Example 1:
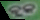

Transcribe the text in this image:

ବ୍ଲକ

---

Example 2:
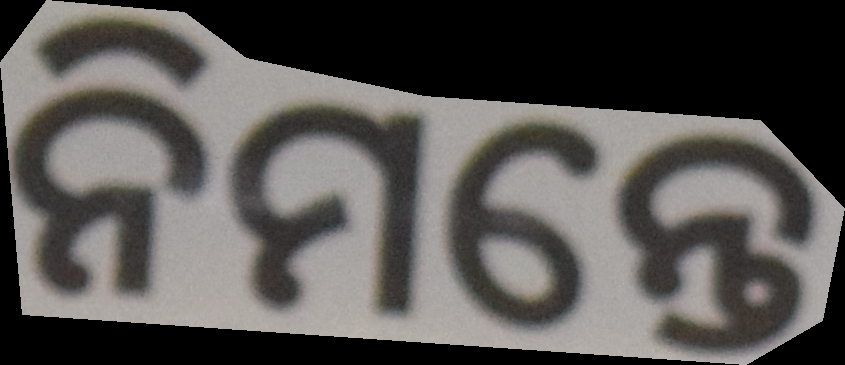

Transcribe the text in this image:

ନିମନ୍ତେ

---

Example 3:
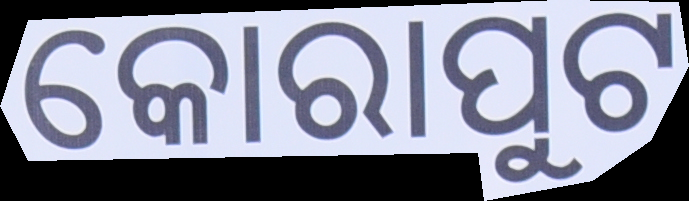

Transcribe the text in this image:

କୋରାପୁଟ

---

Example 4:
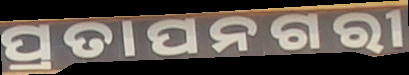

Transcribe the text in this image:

ପ୍ରତାପନଗରା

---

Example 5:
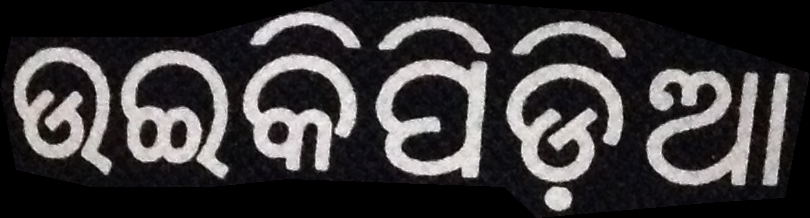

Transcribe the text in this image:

ଉଇକିପିଡ଼ିଆ